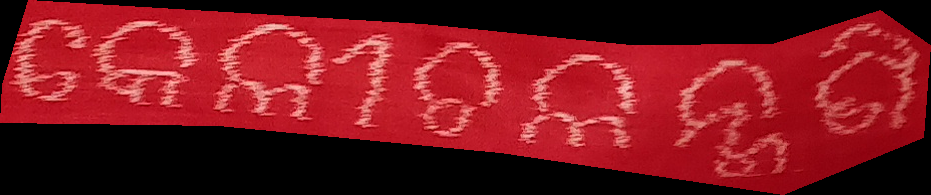
କେଳୀଚଳ ନୃତି